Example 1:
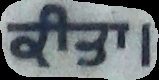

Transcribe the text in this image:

ਕੀਤਾ।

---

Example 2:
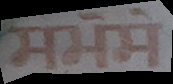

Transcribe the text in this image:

ਸਮੋਸੇ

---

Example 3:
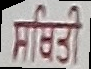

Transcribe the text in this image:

ਸਥਿਤੀ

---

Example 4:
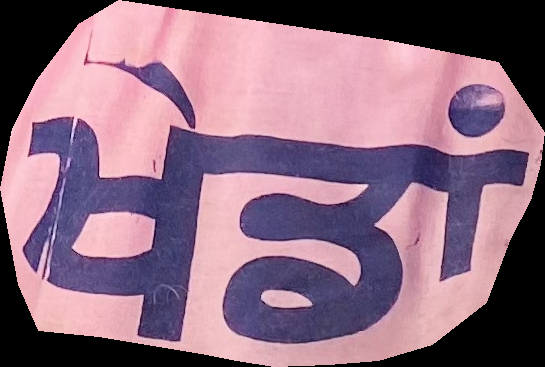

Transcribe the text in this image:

ਖੇਡਾਂ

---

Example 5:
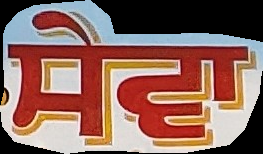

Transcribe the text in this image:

ਸੇਵਾ